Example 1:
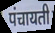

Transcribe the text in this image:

पंचायती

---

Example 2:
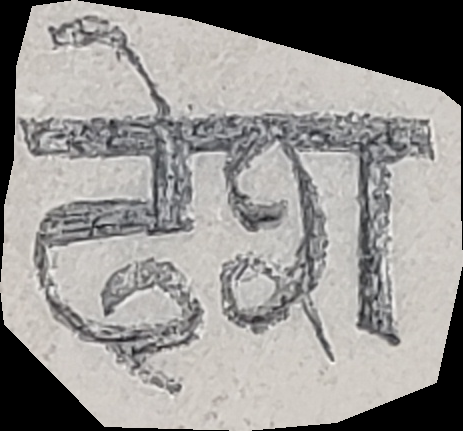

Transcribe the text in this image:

देश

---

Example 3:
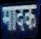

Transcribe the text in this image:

मादक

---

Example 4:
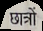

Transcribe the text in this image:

छात्रों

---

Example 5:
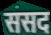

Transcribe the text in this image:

संसद